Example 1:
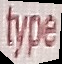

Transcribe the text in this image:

type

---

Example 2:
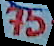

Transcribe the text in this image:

75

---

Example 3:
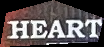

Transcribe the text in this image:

HEART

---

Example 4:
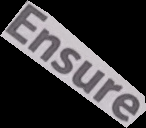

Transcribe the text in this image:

Ensure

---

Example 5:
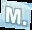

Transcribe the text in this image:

M.